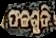
ଫଳଶ୍ରୁତି